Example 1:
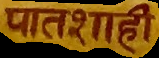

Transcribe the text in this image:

पातशाही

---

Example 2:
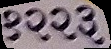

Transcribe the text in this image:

१२२३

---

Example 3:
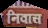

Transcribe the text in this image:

निवास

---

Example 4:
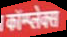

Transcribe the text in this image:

कॉम्प्लेक्स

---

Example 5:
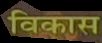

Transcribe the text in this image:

विकास